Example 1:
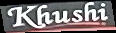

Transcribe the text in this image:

Khushi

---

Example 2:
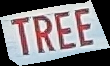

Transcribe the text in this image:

TREE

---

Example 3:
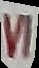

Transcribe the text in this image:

VI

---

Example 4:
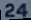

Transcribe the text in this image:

24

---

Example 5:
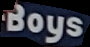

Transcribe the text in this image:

Boys